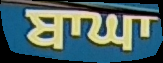
ਬਾਘਾ